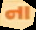
ના